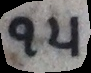
੧੫